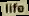
life